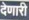
देणारी